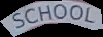
SCHOOL